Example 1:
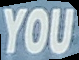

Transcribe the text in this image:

YOU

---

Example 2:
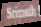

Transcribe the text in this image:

Srinath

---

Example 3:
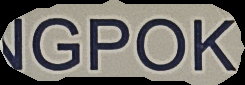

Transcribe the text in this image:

NGPOK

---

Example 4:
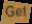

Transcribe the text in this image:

Get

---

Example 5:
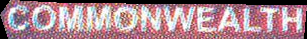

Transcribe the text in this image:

COMMONWEALTH